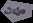
ಎವೊ